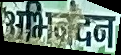
अभिनंदन